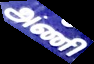
அணி